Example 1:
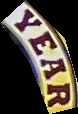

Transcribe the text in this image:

YEAR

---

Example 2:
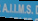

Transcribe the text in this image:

A.I.I.M.S.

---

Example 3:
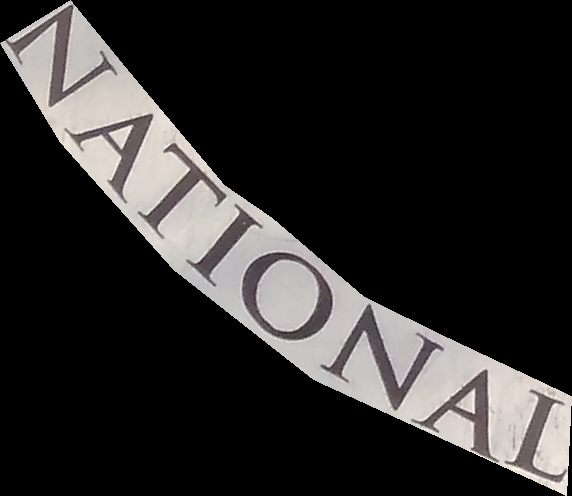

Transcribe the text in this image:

NATIONAL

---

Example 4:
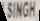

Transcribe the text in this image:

SINGH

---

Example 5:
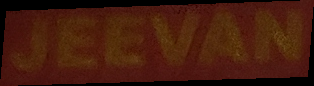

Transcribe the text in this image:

JEEVAN